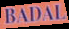
BADAL